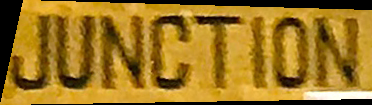
JUNCTION